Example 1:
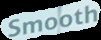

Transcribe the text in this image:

Smooth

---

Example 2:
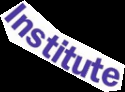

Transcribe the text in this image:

Institute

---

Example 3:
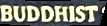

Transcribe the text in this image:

BUDDHIST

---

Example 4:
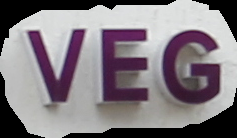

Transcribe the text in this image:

VEG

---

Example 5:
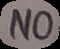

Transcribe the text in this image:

NO